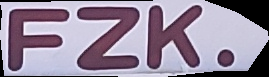
FZK.